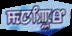
ꯃꯅꯤꯄꯨꯔ